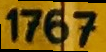
1767